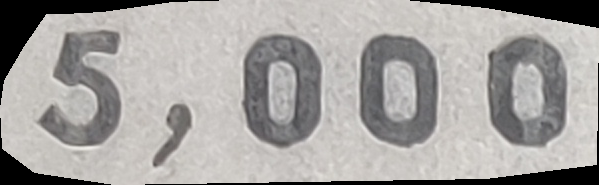
5,000